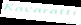
Kavaratti